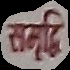
समृद्वि